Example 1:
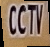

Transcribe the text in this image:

CCTV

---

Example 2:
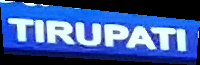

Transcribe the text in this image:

TIRUPATI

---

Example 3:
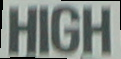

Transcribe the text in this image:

HIGH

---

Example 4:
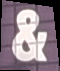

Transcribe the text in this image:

&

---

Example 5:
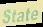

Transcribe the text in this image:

State